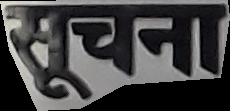
सूचना